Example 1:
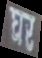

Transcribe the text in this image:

घर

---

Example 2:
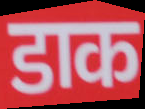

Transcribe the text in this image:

डाक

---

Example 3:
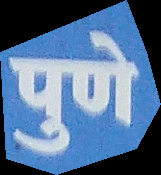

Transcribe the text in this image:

पुणे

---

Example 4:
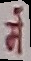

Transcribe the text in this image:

में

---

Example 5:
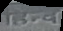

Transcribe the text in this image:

हिन्द